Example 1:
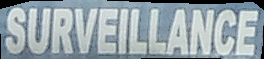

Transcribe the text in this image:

SURVEILLANCE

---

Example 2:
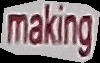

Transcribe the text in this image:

making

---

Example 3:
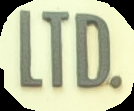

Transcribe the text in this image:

LTD.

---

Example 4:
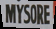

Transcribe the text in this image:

MYSORE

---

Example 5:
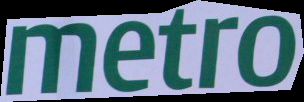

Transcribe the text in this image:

metro